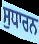
ਸੁਧਾਰਨ